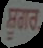
ਸ਼ੂਗਰ